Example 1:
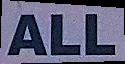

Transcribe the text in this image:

ALL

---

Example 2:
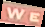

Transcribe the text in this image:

WE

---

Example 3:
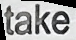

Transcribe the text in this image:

take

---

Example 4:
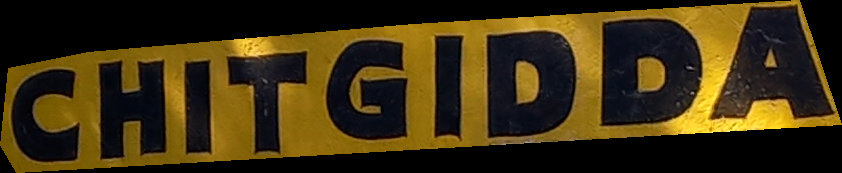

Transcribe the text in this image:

CHITGIDDA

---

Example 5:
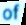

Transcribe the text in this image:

of